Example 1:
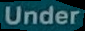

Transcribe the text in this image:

Under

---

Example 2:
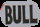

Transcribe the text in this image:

BULL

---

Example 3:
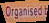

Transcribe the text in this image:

Organised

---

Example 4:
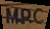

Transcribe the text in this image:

MRC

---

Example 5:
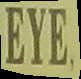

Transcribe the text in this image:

EYE,